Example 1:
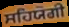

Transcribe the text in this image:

ਸਹਿਯੇਗੀ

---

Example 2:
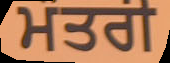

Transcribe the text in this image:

ਮੰਤਰੀ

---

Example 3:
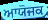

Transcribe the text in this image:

ਆਯੋਜਕ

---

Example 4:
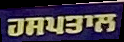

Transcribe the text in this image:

ਹਸ੫ਤਾਲ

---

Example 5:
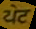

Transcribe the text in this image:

ਪੇਟ